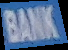
BANK